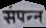
संपन्न